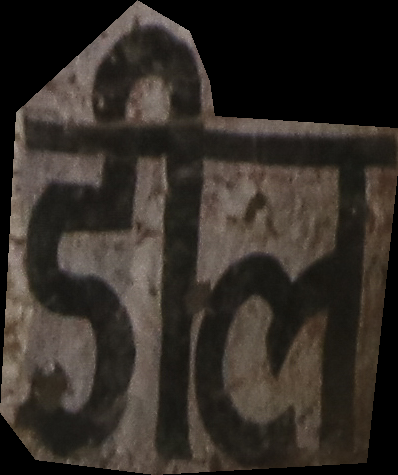
डील